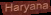
Haryana